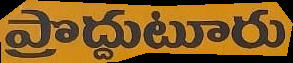
ప్రొద్దుటూరు